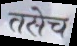
तसेच